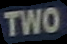
TWO